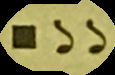
১১